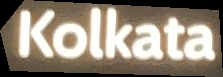
Kolkata